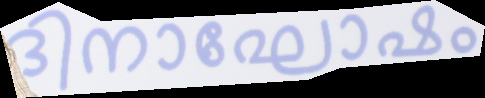
ദിനാഘോഷം